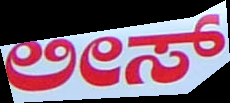
ಲೀಸ್